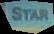
STAR